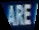
ARE